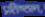
प्रतिष्ठान